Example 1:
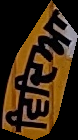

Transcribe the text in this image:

ਵਿਦਿਆ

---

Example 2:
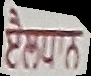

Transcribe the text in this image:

ੲੈਲਧਾਨ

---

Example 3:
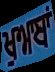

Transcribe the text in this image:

ਖੁਆਬਾਂ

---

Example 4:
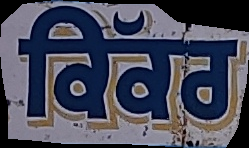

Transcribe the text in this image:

ਕਿੱਕਰ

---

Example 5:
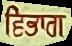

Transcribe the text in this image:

ਵਿਭਾਗ